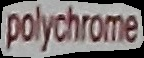
polychrome